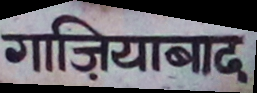
गाज़ियाबाद